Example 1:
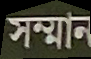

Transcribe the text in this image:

সম্মান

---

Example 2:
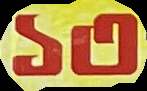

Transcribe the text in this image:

১৩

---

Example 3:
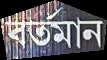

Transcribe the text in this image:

বর্তমান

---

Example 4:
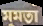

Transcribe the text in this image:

মমতা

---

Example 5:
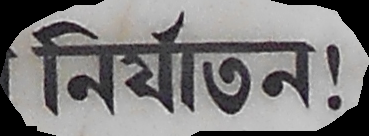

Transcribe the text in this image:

নির্যাতন!